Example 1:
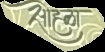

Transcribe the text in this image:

सोहळा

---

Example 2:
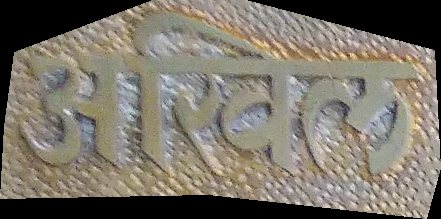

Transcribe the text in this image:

अस्बिल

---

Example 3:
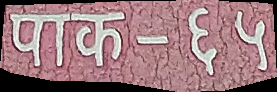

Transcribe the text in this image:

पाक-६५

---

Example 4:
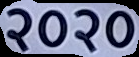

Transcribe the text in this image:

२०२०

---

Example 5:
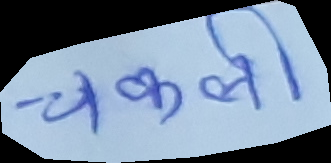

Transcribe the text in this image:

चकली